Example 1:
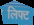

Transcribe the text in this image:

लिफ्ट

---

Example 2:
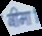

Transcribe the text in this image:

बीमा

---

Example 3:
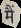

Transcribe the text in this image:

मैं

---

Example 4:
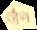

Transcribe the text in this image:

जैन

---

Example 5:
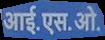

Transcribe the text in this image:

आई॰एस॰ओ॰